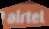
airtel